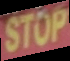
STOP